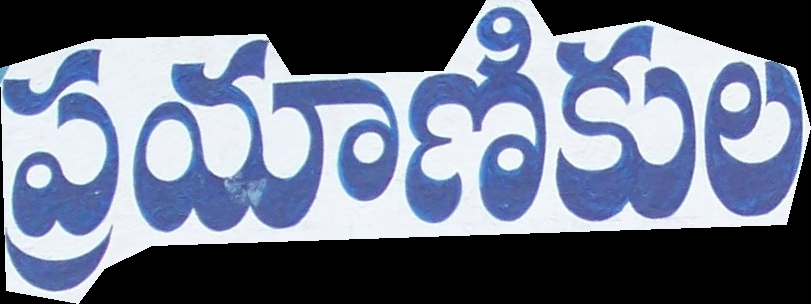
ప్రమాణికుల